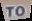
TO